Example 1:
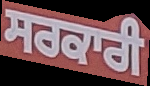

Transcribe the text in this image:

ਸਰਕਾਰੀ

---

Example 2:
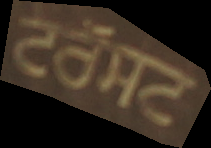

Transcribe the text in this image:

ਟਰੱਸਟ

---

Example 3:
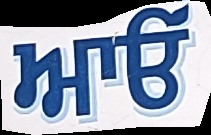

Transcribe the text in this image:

ਆਓ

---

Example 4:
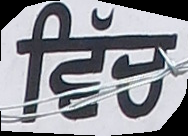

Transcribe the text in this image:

ਵਿੱਚ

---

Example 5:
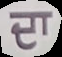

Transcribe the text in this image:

ਦਾ